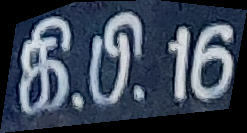
கி.பி. 16